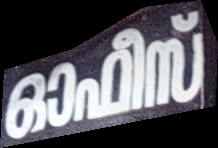
ഓഫീസ്